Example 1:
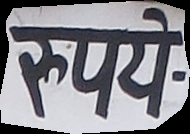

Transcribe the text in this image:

रुपये-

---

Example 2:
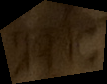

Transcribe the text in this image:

प्रकटि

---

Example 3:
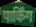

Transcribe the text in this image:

पाकिंग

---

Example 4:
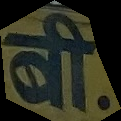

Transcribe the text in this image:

बी॰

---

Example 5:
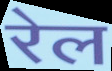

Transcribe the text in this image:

रेल